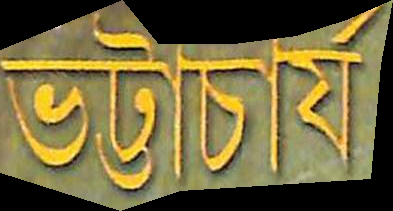
ভট্টাচার্য